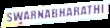
SWARNABHARATHI